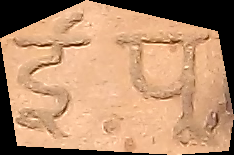
ई.पू.